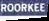
ROORKEE